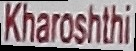
Kharoshthi